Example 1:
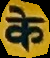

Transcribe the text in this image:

के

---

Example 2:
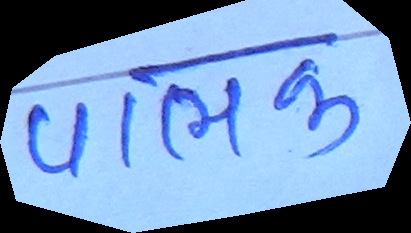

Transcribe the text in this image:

पालक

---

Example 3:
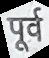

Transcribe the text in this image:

पूर्व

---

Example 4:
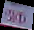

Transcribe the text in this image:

अक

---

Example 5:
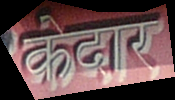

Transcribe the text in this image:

केदार